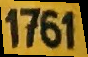
1761